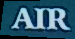
AIR